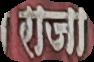
राजा